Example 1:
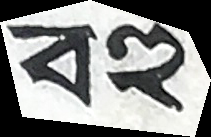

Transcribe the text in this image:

বহু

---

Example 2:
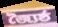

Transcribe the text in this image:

জ্যৈষ্ঠ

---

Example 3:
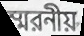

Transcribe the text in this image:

স্মরনীয়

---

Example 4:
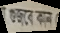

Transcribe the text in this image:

গুজবে কান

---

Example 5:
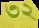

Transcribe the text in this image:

৩২